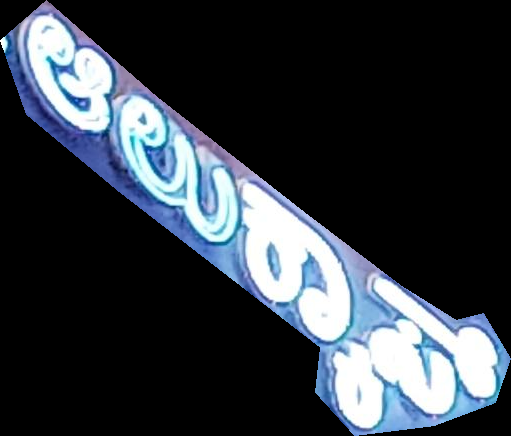
ಆಲುಕ್ಯಾಸ್